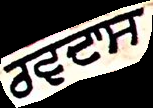
ਰਵਦਾਸ